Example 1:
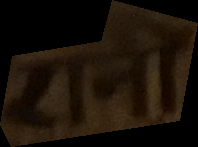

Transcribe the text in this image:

रानी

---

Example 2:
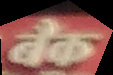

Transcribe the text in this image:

बैंक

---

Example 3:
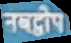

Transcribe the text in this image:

नबद्वीप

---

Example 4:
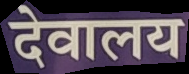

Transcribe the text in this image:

देवालय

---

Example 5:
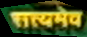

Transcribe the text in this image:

सत्त्यमेव